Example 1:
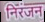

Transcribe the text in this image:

निरंजन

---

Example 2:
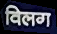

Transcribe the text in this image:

विलग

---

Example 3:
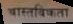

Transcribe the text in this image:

वास्तबिकता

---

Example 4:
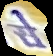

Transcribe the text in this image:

स‍े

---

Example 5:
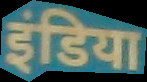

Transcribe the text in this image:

इंडिया